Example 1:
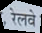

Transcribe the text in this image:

रेलवे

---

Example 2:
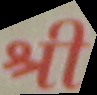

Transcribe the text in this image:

श्री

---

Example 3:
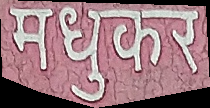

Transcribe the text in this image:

मधुकर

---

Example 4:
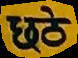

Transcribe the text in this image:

छठे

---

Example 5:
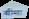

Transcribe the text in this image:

बीमा